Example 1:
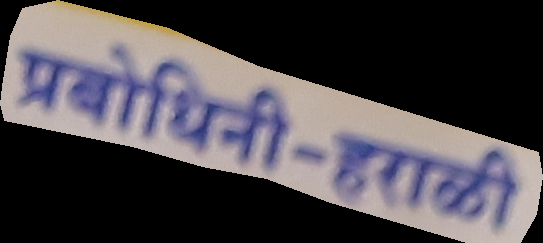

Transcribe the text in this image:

प्रबोधिनी-हराळी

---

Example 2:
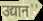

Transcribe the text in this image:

उद्यान"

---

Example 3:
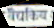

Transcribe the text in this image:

वैद्यकिय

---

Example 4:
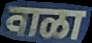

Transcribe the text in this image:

वाळा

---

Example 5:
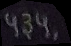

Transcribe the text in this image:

५३५,